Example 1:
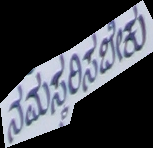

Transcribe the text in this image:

ನಮಸ್ಸರಿಸಬೇಕು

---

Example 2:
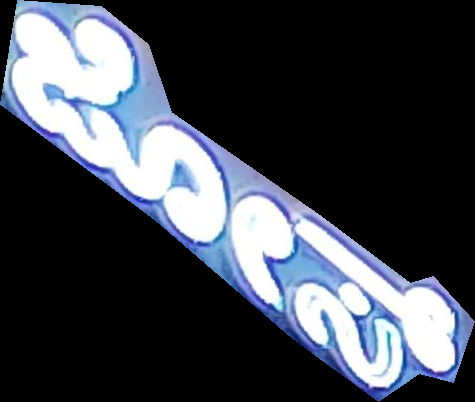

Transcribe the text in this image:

ಜೋಸ್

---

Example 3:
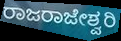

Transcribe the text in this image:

ರಾಜರಾಜೇಶ್ವರಿ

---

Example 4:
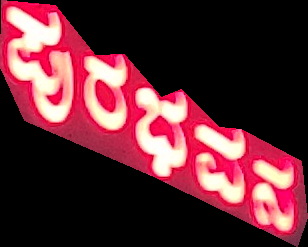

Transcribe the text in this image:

ಪುರಭವನ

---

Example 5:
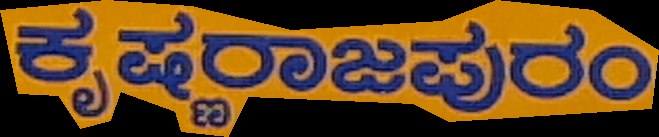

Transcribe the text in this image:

ಕೃಷ್ಣರಾಜಪುರಂ